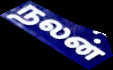
நலன்